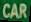
CAR